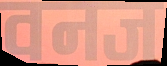
वनज